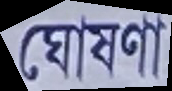
ঘোষণা